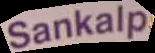
Sankalp